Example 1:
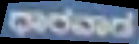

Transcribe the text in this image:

ಧಾರವಾಡ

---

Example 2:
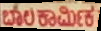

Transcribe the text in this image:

ಬಾಲಕಾಮಿ೯ಕ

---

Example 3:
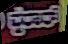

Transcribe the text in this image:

ದ್ರಧರ್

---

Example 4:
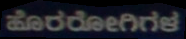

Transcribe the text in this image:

ಹೊರರೋಗಿಗಳ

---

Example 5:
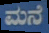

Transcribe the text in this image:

ಮನೆ